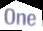
One